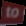
to